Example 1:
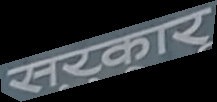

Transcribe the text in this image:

सरकार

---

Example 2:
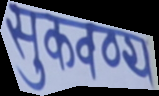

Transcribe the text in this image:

सुकवण्य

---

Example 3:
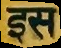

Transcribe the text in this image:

इस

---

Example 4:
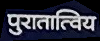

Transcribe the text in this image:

पुरातात्विय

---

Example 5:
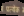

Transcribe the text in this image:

प्रत्येक